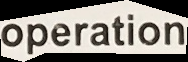
operation